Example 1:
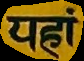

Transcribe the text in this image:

यहां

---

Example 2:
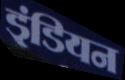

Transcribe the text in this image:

इंडियन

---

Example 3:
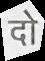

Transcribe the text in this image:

दो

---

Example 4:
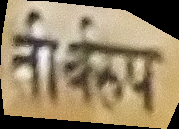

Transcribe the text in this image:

तीर्थरूप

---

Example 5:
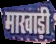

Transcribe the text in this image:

मारवाड़ी